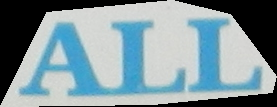
ALL